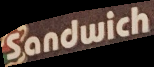
Sandwich